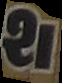
શ